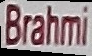
Brahmi